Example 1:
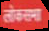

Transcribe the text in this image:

लोकसभा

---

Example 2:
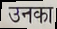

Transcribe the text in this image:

उनका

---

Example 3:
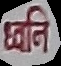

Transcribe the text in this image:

ध्वनि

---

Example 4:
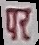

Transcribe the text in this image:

पर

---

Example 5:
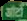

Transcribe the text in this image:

ऑटो